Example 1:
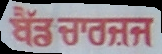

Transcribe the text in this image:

ਬੈਂਡਚਾਰਜ਼ਜ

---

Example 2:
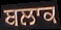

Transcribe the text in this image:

ਬਲਾਕ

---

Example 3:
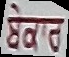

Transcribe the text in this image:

ਬੇਕਾਰ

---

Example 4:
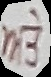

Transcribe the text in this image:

ਅਤੇ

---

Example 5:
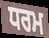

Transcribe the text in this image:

ਧਰਮ